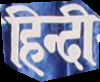
हिन्दी